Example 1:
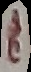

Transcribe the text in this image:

है॓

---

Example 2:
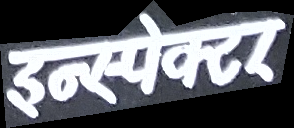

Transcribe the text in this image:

इन्स्पेक्टर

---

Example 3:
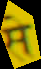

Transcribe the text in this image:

से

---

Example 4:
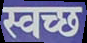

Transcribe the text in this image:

स्वच्छ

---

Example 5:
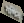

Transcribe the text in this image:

गणित